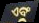
ଏବଂ